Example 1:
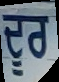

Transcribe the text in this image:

ਦੂਰ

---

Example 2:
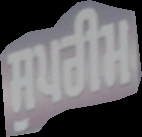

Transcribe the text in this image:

ਸੁਪਰੀਮ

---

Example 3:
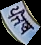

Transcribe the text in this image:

ਪੰਜਾਬ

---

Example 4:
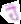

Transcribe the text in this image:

ਹ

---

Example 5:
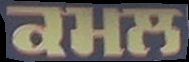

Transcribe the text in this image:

ਕਮਲ